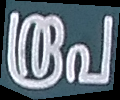
രൂപ